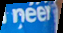
neer